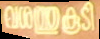
വരത്തുകൂടി